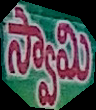
స్వామి